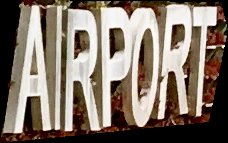
AIRPORT